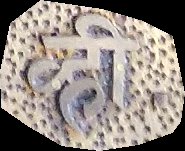
व्ही.